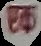
रक